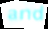
and